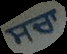
ਸਚਾ